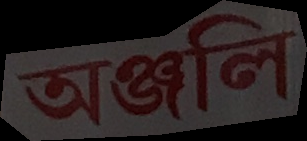
অঞ্জলি